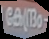
കേന്ദ്രം